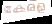
കേരള